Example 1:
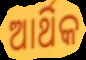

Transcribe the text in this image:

ଆର୍ଥିକ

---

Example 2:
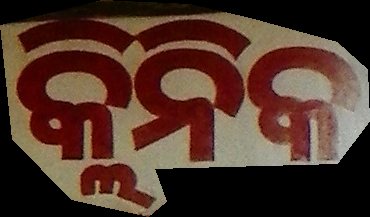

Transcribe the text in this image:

କ୍ଲିନିକ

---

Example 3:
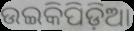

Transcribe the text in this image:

ଉଇକିପିଡ଼ିଆ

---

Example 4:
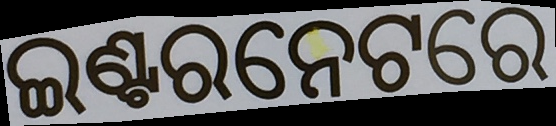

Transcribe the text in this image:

ଇଣ୍ଟରନେଟରେ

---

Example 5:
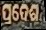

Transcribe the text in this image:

ପ୍ରଦେଣ